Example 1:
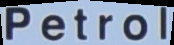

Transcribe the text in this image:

Petrol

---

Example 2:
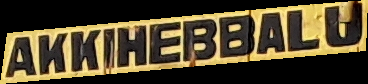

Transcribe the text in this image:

AKKIHEBBALU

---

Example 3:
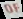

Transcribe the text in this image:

OF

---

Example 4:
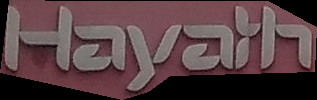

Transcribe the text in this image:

Hayath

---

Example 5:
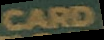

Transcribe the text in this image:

CARD